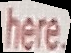
here.